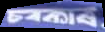
চৰকাৰ